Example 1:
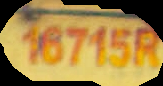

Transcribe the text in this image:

16715R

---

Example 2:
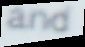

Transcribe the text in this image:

and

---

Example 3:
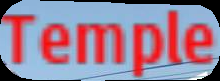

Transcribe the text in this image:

Temple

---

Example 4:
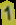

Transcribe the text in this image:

1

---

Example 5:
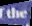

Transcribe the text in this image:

the